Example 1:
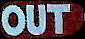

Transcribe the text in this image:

OUT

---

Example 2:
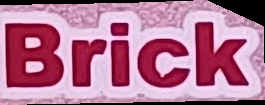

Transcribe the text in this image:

Brick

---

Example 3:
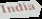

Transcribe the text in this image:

India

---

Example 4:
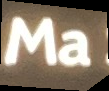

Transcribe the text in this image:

Ma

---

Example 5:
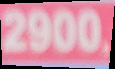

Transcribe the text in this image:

2900